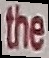
the